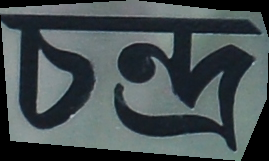
চন্দ্ৰ